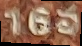
16వ